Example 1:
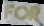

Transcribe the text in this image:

FOR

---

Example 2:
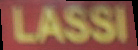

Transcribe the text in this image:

LASSI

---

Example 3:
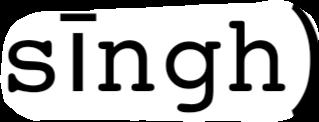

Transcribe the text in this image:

singh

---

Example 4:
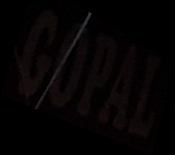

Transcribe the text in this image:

GOPAL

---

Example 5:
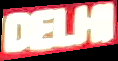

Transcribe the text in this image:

DELHI